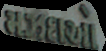
મઝદાઓ